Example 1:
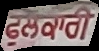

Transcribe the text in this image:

ਫੁਲੇਕਾਰੀ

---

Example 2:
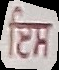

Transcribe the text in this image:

ਇਸ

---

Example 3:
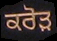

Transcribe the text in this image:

ਕਰੋੜ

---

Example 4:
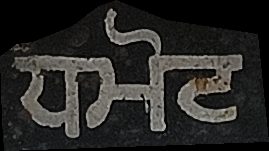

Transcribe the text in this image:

ਧਮੋਟ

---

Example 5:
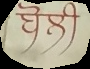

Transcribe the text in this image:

ਬੋਲੀ